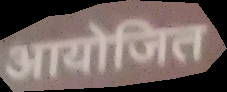
आयोजित